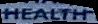
HEALTH